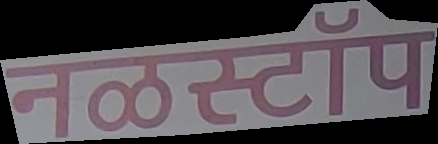
नळस्टॉप